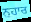
ਨਹਾਰ